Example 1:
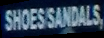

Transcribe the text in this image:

SHOES/SANDALS,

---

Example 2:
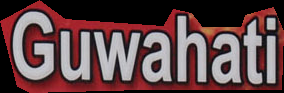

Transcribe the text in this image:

Guwahati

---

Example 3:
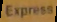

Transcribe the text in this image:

Express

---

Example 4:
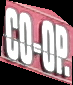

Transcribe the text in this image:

CO-OP.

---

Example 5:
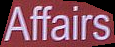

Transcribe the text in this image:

Affairs